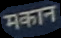
मकान